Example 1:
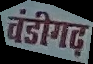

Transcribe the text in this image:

चंडीगढ़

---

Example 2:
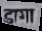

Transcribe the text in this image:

डागा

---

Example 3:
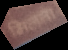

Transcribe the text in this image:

मिलता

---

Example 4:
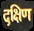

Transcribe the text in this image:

दक्षिण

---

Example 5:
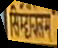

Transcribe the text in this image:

सिम्हाचलम्